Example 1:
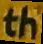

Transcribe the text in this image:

th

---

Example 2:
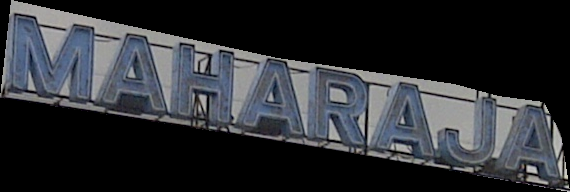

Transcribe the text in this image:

MAHARAJA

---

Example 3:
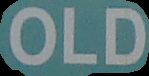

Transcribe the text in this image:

OLD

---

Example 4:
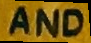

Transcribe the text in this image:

AND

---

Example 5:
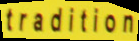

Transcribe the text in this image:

tradition